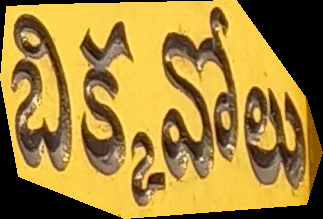
బిక్కవోలు